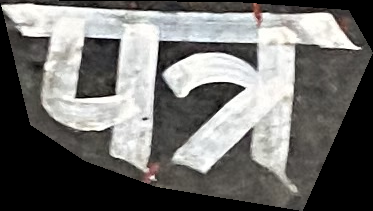
पत्र